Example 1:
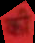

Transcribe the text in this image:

की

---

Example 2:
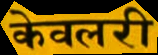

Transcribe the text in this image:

केवलरी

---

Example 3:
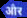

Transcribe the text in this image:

और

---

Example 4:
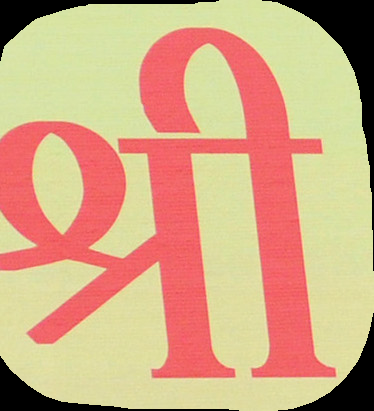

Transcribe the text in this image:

श्री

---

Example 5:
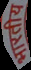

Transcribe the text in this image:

भारतीय